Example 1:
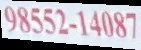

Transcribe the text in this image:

98552-14087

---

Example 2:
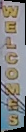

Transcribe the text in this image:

WELCOMES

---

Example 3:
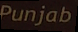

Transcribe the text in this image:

Punjab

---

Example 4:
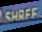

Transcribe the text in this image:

SHREE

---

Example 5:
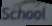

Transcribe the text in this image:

School